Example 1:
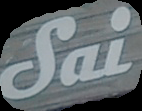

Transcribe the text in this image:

Sai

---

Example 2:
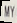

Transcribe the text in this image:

MY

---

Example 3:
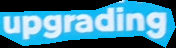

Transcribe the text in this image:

upgrading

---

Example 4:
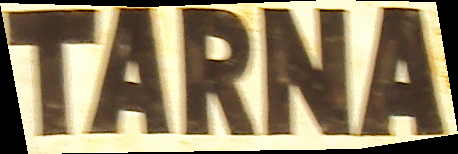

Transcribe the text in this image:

TARNA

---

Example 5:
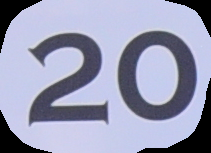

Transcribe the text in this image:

20